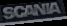
SCANIA